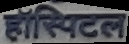
हॉस्पिटल